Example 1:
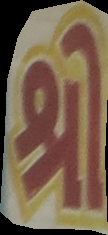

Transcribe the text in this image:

श्री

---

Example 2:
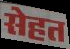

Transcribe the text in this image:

सेहत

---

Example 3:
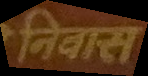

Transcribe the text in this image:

निवास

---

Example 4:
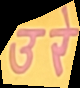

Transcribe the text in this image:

उरे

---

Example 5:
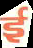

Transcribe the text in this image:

ई